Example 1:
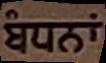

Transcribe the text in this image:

ਬੰਧਨਾਂ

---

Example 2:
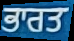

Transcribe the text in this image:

ਭਾਰਤ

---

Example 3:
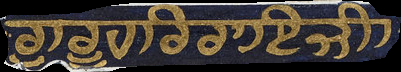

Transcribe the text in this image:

ਗੁਰੂਹਰਿਰਾਇਜੀਾ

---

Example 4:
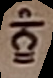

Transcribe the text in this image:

ਨੂੰ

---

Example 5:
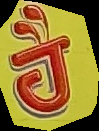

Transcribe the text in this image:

ਹੈ